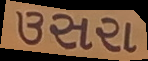
ઉસરા